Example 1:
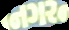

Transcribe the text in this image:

નગર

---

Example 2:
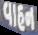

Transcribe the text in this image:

વાહન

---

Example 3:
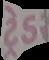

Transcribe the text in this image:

ટ્રેડર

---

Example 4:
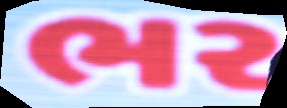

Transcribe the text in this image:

ભર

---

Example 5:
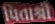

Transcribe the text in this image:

પિતાશ્રી